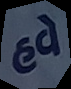
હવે